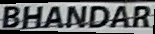
BHANDAR